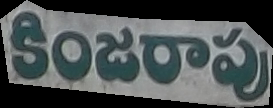
కింజరాపు